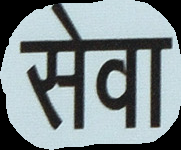
सेवा